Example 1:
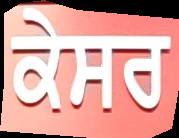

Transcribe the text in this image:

ਕੇਸਰ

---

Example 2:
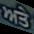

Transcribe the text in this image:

ਅਤੇ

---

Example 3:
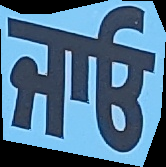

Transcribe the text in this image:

ਜਾਓ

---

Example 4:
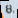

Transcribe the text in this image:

੪.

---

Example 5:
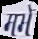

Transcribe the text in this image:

ਸਮੇਂ